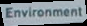
Environment